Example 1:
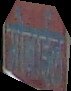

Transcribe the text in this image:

मोबाईल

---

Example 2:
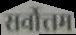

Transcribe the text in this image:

सर्वोत्तम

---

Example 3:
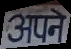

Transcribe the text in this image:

अपने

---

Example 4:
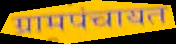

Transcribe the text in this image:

ग्रामपंचायत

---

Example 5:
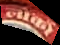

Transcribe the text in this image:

लोको